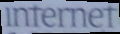
internet